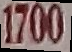
1700